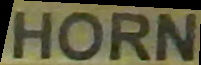
HORN